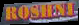
ROSHNI